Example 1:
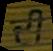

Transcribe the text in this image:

ਦੀ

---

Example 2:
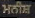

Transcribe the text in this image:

ਮਨੀਸ਼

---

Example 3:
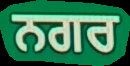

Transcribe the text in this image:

ਨਗਰ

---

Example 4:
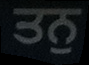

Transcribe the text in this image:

ਤਨੁ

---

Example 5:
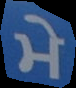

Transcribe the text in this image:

ਮੇ